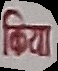
किया